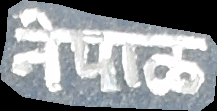
नेपाळ